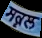
ਸਕਲ